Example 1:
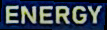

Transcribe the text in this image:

ENERGY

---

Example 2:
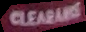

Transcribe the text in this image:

CLEARANCE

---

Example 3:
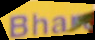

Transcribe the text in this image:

Bha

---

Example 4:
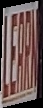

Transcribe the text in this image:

LEARN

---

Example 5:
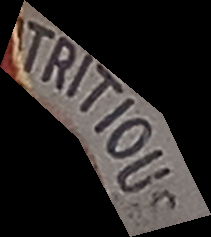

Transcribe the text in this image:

TRITIOUS